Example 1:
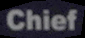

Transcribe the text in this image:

Chief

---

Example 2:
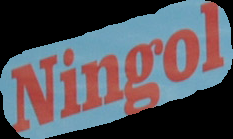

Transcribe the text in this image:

Ningol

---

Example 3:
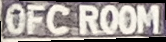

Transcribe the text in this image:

OFCROOM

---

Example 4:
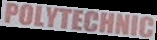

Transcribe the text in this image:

POLYTECHNIC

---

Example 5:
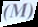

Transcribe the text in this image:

(M)